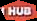
HUB